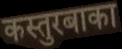
कस्तुरबाका